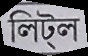
লিট্ল